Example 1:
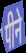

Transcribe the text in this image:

पीने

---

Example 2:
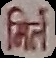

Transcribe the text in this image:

मिलें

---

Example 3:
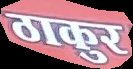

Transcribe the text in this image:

ठाकुर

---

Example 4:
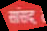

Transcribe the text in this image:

सांसद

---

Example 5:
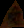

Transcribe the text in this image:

श्री